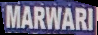
MARWARI